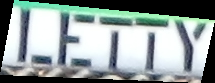
LETTY